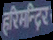
हरिमन्दिर